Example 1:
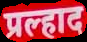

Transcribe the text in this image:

प्रल्हाद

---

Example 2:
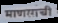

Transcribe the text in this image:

माणरगची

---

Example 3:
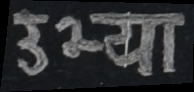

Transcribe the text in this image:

उभ्या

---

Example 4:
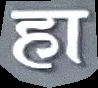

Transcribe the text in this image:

हा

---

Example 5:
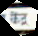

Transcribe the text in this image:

केंद्र